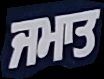
ਜਮਾਤ